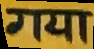
गया